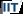
IIT